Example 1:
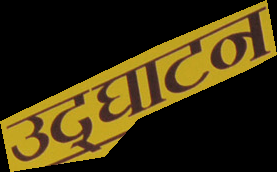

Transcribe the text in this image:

उद्घाटन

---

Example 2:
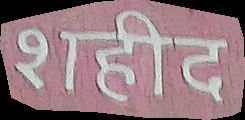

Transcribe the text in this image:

शहीद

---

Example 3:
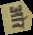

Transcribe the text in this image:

ओर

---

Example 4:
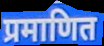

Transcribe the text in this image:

प्रमाणित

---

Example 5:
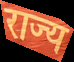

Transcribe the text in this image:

राज्य